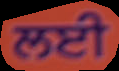
ਲਈ